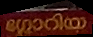
ഗോറിയ